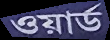
ওয়ার্ড